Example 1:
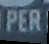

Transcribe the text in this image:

PER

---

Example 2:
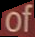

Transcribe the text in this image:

of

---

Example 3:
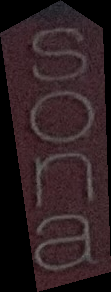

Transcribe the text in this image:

sona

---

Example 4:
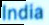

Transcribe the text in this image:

India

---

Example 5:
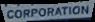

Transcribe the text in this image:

CORPORATION